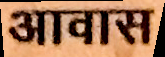
आवास